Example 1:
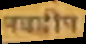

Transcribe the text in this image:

नबद्वीप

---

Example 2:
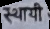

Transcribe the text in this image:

स्थायी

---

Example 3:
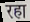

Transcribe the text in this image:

रहा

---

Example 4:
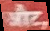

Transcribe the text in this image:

और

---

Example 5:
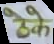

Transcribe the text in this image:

ठेके